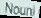
Nounl